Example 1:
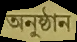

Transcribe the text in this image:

অনুষ্ঠান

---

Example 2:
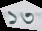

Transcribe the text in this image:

১৩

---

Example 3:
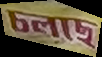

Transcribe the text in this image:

চলছে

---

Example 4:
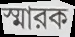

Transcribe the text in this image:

স্মারক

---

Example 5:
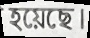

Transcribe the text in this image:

হয়েছে৷